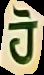
ਹੋ